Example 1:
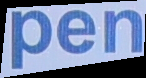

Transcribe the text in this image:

pen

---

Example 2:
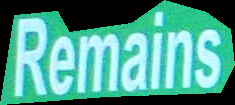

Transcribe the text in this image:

Remains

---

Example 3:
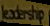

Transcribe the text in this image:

leadership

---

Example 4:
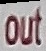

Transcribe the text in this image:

out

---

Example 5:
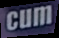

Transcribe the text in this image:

cum